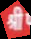
श्री